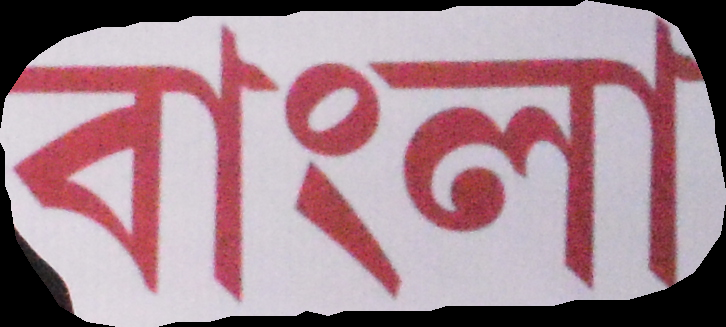
বাংল৷